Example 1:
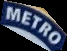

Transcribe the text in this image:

METRO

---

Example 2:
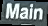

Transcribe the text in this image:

Main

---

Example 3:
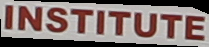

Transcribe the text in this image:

INSTITUTE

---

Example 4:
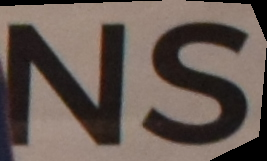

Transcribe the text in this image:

NS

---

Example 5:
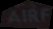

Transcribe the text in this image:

AIRF